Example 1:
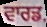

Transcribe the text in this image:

ਵਾਰਡ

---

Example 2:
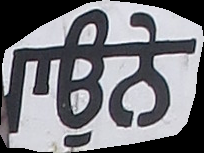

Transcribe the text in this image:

ਉਨੇ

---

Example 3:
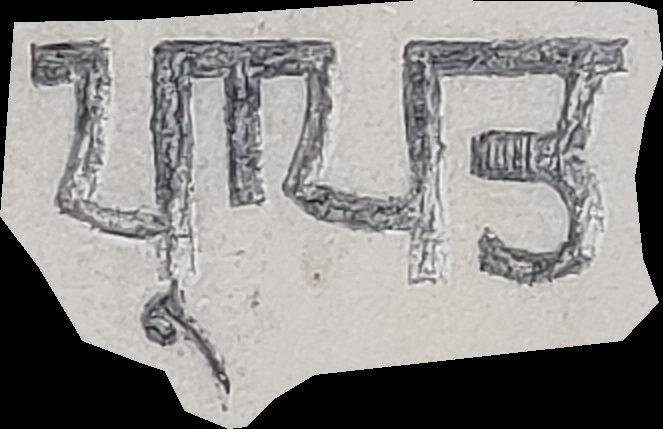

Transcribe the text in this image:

ਪ੍ਰਾਪਤ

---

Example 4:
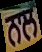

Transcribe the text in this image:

ਨਲ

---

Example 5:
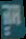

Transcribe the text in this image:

ਜੂਸ